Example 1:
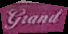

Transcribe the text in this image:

Grand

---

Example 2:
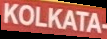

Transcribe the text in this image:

KOLKATA-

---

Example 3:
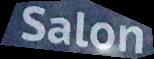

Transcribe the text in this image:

Salon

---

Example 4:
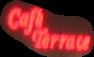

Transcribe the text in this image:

CafeTerrace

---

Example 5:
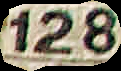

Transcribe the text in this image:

128